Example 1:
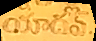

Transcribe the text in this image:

యాడవ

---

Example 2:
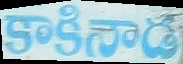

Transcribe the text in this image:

కాకినాడ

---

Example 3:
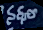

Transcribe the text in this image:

నత్సరా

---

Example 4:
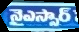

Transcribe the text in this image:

నైఎస్సార్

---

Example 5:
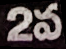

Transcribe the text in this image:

2వ